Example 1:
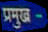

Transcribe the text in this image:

प्रमुख-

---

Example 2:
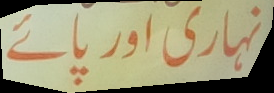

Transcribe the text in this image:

कुळकर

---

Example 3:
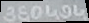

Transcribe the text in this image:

३६०५०५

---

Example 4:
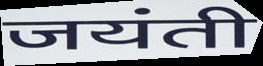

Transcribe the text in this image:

जयंती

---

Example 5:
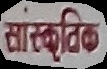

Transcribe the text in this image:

सांस्कृतिक